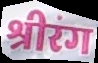
श्रीरंग